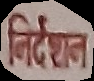
निर्देशन